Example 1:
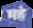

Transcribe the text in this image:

महे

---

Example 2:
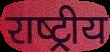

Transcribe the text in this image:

राष्ट्रीय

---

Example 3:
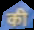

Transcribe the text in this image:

की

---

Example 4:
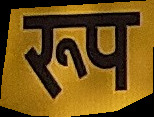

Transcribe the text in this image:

रूप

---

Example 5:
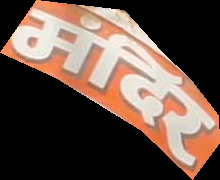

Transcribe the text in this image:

मंदिर